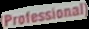
Professional)